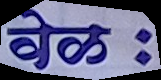
वेळ: